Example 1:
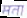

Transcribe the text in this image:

मता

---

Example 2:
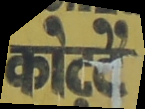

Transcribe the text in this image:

कोट्टै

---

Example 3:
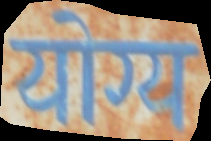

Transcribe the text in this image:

योग्य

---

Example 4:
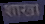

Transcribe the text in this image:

शाखा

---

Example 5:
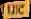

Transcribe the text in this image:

घाट